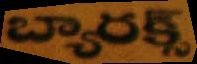
బ్యారక్స్